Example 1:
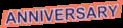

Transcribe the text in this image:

ANNIVERSARY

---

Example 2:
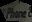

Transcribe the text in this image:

Phone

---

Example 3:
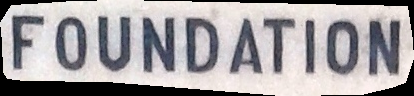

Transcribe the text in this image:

FOUNDATION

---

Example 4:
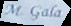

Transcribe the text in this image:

M.Gala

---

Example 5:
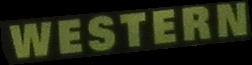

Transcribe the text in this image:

WESTERN